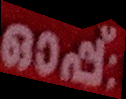
ഓപ്പ്: